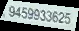
9459933625